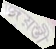
জয়ন্তী